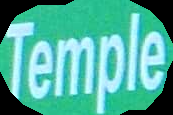
Temple